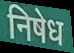
निषेध